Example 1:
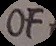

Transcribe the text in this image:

OF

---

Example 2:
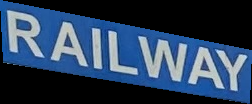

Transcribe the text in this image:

RAILWAY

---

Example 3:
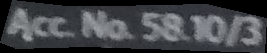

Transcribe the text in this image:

Acc.No.58.10/3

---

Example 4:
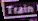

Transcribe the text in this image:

Train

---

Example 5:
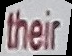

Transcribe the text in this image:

their